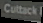
Cuttack